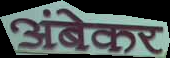
अंबेकर